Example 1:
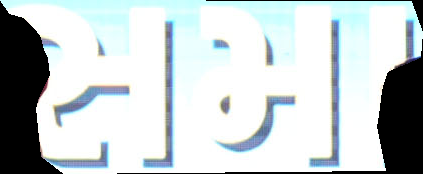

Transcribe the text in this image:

સમ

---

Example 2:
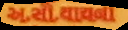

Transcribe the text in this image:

અ.સી.થાયના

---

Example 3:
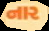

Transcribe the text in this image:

નાર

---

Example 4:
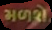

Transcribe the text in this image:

મળશે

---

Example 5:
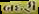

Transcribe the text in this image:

ખહરી